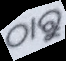
ଠାରୁ